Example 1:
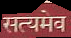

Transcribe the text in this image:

सत्यमेव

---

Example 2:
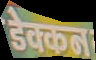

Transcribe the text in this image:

डेक्कन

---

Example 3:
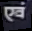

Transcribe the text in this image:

एवं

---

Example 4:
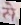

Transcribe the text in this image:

से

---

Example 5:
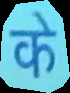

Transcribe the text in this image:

के